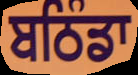
ਬਠਿੰਡਾ